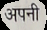
अपनी